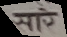
सारे